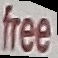
free